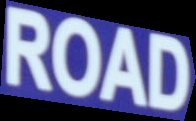
ROAD